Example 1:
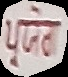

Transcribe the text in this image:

ਪ੍ਰਯੋਗ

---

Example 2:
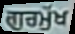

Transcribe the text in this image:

ਗੁਰਮੁੱਖ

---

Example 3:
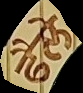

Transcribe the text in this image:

ਫੈਲੇ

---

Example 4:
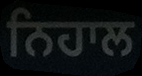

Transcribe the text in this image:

ਨਿਹਾਲ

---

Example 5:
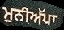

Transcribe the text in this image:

ਮੁਨੀਅੱਪਾ